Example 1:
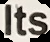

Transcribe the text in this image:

Its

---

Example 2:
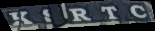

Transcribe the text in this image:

KSRTC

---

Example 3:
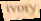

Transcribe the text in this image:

ivory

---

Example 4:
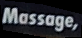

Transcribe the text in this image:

Massage,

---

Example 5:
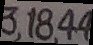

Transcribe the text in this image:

3,18,44